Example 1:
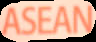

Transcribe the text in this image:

ASEAN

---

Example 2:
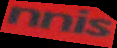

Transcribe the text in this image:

nnis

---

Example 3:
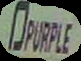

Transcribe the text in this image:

OPURPLE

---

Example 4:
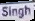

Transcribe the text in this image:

Singh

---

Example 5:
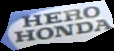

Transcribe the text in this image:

HONDA